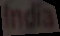
India